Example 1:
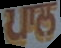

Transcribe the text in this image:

ਪਾਲ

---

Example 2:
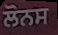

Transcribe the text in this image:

ਲੋਨਸ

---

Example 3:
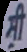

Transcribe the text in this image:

ਸ਼ੀੁ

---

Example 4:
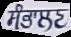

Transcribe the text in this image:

ਸੰਭਾਲਣ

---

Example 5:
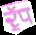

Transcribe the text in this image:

ਦੁੱਧ